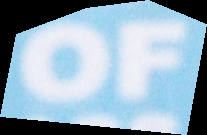
OF